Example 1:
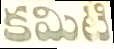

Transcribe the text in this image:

కమిటి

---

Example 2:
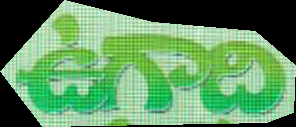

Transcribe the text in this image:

ఉగాది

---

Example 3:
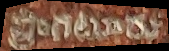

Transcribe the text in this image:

ప్రాగటూరు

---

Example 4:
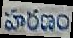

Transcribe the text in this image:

హరణం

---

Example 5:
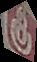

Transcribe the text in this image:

శ్ర